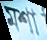
মশা